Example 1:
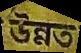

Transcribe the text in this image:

উন্নত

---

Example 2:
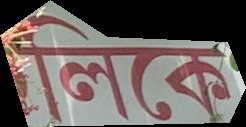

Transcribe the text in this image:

লিকে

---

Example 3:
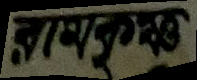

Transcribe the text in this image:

রামকৃষ্ণ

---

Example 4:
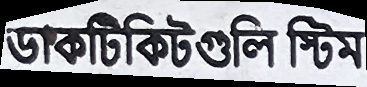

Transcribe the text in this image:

ডাকটিকিটগুলি স্টিম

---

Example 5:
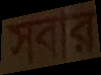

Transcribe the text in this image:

সবার